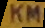
KM